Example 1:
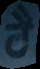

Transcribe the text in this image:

ਹੈ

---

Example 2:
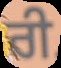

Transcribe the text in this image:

ਰੀ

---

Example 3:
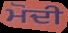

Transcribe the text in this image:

ਮੋਦੀ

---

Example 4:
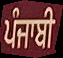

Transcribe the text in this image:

ਪੰਜਾਬੀ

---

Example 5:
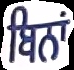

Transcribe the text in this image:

ਬਿਨਾਂ